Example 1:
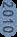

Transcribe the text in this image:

2010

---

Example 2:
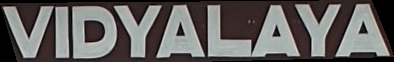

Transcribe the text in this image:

VIDYALAYA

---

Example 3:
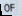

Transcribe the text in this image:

OF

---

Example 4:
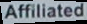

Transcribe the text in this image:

Affiliated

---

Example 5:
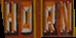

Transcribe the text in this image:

HORN